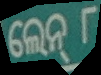
ଲେନ୍ ୮